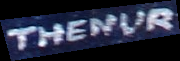
THENUR